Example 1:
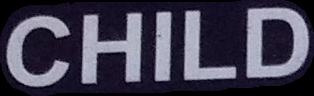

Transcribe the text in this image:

CHILD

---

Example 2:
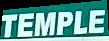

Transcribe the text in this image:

TEMPLE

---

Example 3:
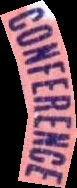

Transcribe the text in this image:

CONFERENCE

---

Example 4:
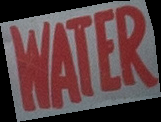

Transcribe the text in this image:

WATER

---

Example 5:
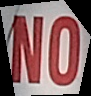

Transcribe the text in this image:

NO